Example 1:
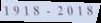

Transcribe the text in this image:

1918.2018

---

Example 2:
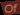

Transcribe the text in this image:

Of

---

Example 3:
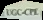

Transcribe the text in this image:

UGC-CPE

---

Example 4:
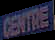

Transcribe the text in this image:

CENTRE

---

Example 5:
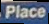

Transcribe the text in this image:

Place